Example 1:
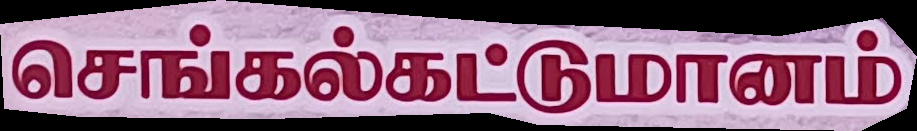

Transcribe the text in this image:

செங்கல்கட்டுமானம்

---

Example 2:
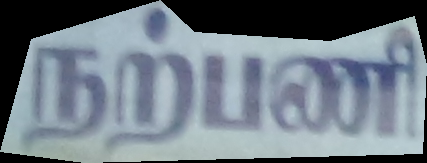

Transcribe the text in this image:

நற்பணி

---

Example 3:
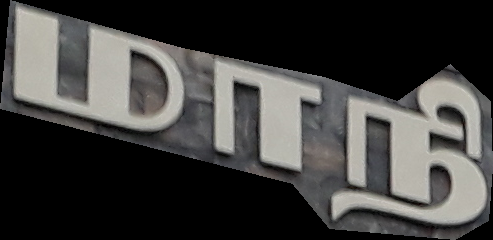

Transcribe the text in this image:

மாநி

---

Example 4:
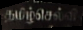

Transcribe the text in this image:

தமிழ்செல்வி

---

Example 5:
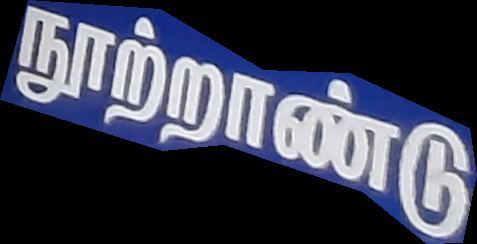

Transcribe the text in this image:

நூற்றாண்டு